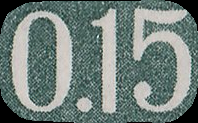
0.15